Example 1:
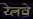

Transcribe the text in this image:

रेलवे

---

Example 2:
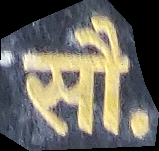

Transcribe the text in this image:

सौ.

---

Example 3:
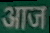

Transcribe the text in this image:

आज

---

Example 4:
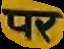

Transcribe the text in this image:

पर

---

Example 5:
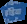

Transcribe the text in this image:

इंडिया